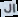
JI